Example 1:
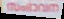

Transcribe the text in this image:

സംഭാവന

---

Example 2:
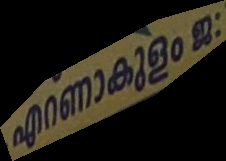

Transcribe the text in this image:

എറണാകുളംജ:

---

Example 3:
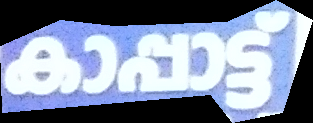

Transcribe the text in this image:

കാപ്പാട്ട്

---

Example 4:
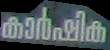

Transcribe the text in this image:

കാർഷിക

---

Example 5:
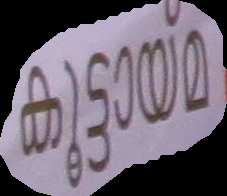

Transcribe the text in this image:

കൂട്ടായ്മ